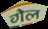
गेल